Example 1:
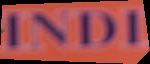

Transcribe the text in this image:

INDI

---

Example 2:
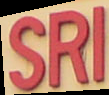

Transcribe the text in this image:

SRI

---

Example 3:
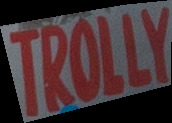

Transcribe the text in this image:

TROLLY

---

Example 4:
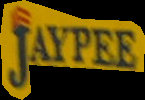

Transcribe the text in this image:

JAYPEE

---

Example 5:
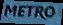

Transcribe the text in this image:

METRO